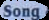
Song